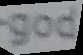
god